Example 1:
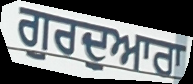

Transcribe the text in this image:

ਗੁਰਦੁਆਰਾ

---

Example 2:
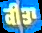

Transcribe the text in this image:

ਕੀਤਾ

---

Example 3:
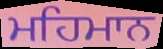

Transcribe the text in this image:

ਮਹਿਮਾਨ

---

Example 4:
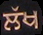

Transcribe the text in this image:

ਲੱਖ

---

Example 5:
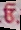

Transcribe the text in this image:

ਓ.